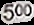
500